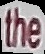
the